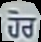
ਹੋਰ